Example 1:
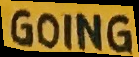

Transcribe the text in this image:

GOING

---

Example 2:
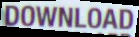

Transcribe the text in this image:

DOWNLOAD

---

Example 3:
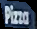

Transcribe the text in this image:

Pizza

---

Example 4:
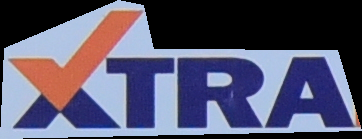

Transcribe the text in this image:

XTRA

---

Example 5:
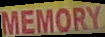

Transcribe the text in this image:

MEMORY